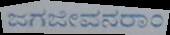
ಜಗಜೀವನರಾಂ